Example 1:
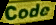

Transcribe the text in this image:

Code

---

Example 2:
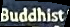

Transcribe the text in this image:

Buddhist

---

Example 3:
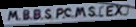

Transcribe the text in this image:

M.B.B.S.P.C.M.S.L.EXJ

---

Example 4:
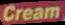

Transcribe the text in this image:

Cream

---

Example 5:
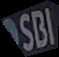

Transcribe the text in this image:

SBI